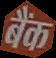
बैंक